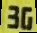
3G